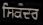
ਸਿਕੰਦਰ